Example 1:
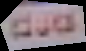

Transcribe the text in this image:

dua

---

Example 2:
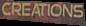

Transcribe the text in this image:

CREATIONS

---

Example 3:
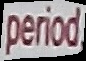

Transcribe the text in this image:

period.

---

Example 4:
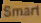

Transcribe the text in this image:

Smart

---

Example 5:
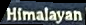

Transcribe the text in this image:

Himalayan